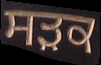
ਸੜਕ